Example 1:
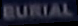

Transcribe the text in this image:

BURIAL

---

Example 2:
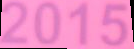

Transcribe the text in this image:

2015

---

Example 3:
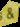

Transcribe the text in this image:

&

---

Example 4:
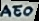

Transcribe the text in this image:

AEO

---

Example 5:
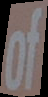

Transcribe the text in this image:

of